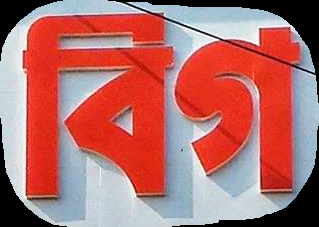
বিগ